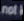
not